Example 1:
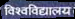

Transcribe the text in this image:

विश्वविद्यालय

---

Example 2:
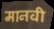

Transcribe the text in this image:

मानवी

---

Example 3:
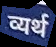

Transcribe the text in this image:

व्यर्थ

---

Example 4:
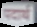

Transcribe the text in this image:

पदार्थ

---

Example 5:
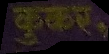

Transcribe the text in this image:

कुकर,